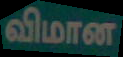
விமான